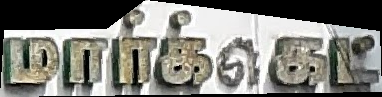
மாா்க்கெட்